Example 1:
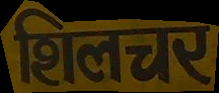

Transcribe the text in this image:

शिलचर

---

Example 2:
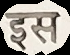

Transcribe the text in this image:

इस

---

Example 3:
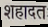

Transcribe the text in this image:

शहादत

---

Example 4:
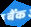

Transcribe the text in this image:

बैंक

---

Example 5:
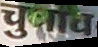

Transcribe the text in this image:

चुनाव